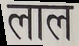
लाल